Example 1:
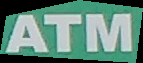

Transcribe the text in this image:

ATM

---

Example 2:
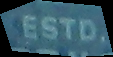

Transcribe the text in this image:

ESTD.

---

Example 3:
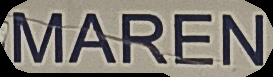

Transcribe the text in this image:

MAREN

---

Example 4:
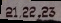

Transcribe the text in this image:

21.22.23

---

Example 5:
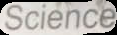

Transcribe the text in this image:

Science